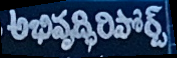
అభివృద్ధ్ఫిరిపోర్ట్